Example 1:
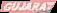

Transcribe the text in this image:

GUJARAT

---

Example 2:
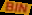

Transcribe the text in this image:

BIN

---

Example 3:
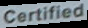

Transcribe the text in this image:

Certified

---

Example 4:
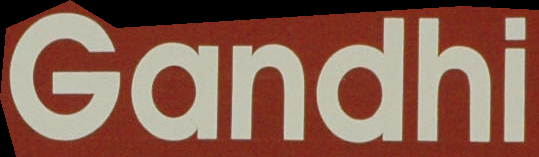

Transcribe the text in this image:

Gandhi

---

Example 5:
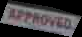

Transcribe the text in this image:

APPROVED